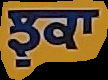
ਝੁਕਾ